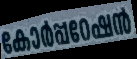
കോർപ്പറേഷൻ